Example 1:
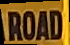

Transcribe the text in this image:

ROAD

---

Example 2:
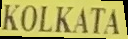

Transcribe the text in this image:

KOLKATA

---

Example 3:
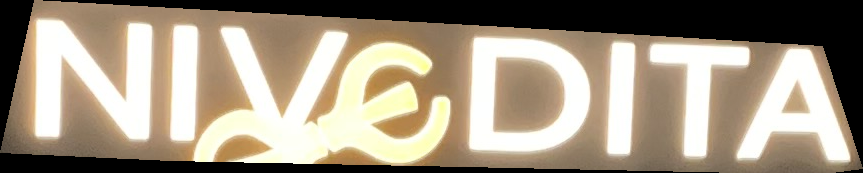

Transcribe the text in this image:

NIVODITA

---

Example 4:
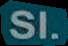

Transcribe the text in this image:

SI.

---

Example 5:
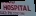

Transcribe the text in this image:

HOSPITAL